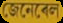
জেনেৰেল